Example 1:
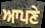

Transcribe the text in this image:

ਆਪਣੇ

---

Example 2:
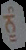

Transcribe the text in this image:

ਨੂੰ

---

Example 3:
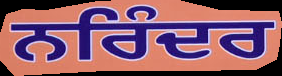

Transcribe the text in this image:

ਨਰਿੰਦਰ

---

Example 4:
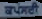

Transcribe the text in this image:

ਕਪੰਸਰੀ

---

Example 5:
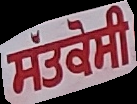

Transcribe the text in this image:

ਸਤਕੇਸੀ